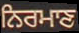
ਨਿਰਮਾਣ